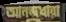
আনন্দধারা